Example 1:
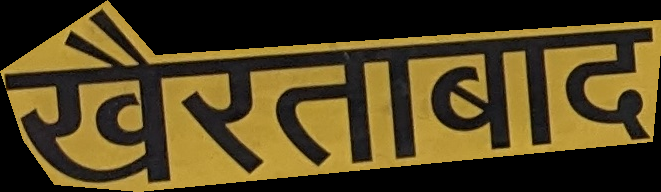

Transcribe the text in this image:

खैरताबाद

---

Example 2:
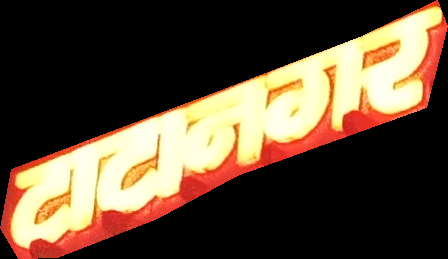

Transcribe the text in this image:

टाटानगर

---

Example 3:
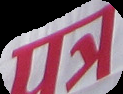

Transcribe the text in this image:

पत्र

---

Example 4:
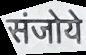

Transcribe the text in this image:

संजोये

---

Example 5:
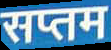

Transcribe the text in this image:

सप्तम